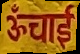
ऊँचाई